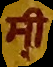
ਸ੍ਰੀ